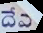
దేవ